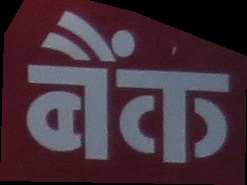
बैंक